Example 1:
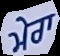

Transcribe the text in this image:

ਮੇਰਾ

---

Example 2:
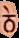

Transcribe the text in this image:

ਠੇ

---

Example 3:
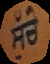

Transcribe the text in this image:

ਸੁੱਚੇ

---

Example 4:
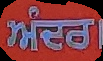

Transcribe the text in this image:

ਅੰਦਰ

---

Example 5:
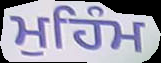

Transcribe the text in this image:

ਮੁਹਿੰਮ